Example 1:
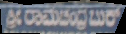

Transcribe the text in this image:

ಶ್ರೀ ರಾಮಚಂದ್ರ ಬುಕ್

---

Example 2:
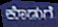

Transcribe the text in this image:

ಕೊಡುಗೆ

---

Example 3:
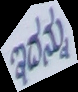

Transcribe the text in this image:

ಇದನ್ನು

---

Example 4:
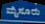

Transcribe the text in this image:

ಮೈಸೂರು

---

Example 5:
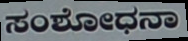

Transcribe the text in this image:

ಸಂಶೋಧನಾ